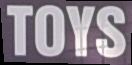
TOYS